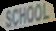
SCHOOL